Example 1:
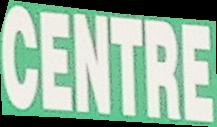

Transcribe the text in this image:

CENTRE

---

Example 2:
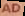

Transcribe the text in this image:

AD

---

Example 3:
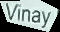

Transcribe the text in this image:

Vinay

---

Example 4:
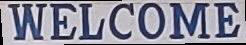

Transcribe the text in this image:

WELCOME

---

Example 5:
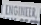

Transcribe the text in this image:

ENGINEER,